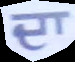
ਦਾ